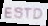
ESTD